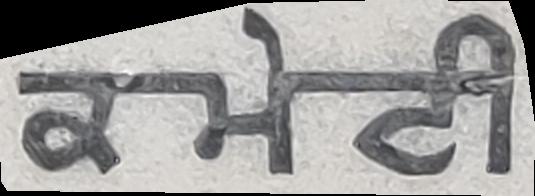
ਕਮੇਟੀ